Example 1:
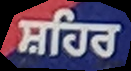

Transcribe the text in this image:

ਸ਼ਹਿਰ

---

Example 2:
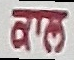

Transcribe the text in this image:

ਕਾਲ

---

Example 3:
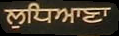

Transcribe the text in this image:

ਲੁਧਿਆਣਾ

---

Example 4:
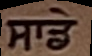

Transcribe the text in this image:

ਸਾਡੇ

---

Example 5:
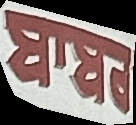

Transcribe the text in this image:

ਬਾਬਰ